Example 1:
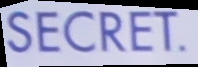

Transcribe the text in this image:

SECRET.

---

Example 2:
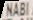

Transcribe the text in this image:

NABI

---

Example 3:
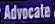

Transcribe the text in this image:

Advocate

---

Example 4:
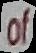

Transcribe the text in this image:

of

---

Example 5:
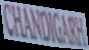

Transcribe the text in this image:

CHANDIGARH